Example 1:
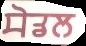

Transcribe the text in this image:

ਸੋਡਲ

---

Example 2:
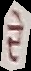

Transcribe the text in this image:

ਦੇ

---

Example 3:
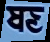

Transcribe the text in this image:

ਬਣ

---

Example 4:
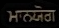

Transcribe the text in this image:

ਮਾਨਯੋਗ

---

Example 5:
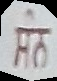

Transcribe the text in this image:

ਸੰਨ